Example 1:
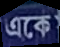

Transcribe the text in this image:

একে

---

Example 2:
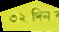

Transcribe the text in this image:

৩২দিন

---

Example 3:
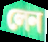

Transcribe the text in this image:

লেন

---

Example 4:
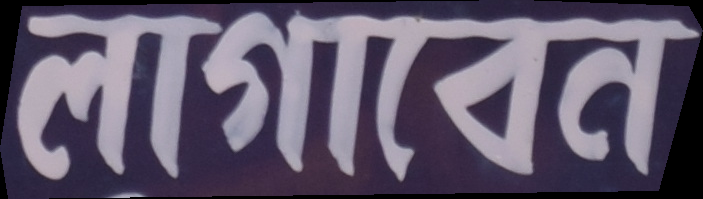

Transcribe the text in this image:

লাগাবেন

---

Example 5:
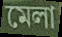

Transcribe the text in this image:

মেলা